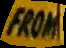
FROM